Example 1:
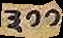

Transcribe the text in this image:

੩੭੭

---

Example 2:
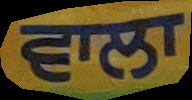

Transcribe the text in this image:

ਵਾਲਾ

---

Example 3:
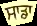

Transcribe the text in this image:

ਸਾਡਾ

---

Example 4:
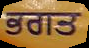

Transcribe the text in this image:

ਭਗਤ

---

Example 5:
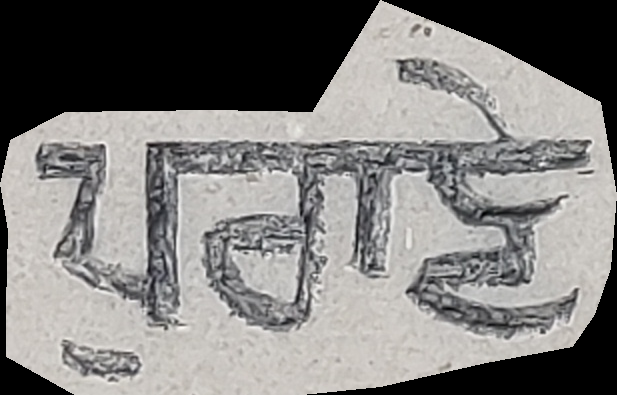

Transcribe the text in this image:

ਪੁਰਾਣੇ